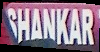
SHANKAR